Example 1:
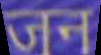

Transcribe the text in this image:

जन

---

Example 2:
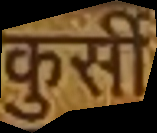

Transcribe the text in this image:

कुर्सी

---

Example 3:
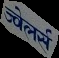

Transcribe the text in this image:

ज्वेलर्स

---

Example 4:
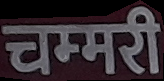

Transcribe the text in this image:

चम्मरी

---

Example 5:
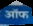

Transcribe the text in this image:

ऑफ